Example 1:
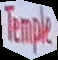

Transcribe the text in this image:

Temple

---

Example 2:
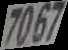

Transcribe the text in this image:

7067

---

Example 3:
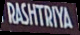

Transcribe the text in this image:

RASHTRIYA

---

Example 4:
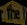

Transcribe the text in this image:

the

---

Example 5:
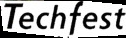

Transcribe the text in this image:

Techfest